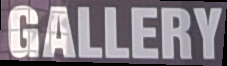
GALLERY